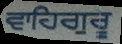
ਵਹਿਗੁਰੂ